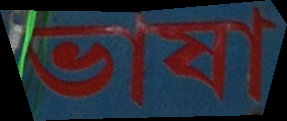
ভাষা